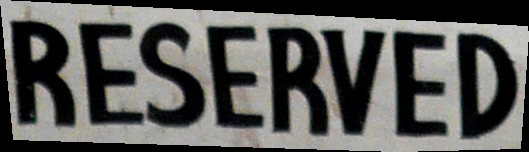
RESERVED